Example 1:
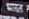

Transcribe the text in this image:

भारत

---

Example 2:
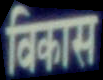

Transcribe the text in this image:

विकास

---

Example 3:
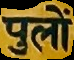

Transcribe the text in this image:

पुलों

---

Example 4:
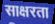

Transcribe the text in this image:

साक्षरता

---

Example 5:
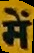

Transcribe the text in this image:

में